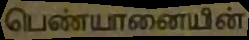
பெண்யானையின்